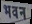
भवन